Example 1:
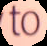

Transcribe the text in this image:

to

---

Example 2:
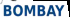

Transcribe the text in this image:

BOMBAY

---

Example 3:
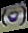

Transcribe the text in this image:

(0)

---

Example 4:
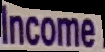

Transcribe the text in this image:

Income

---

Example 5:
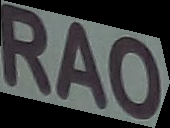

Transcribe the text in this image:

RAO